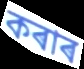
কৰাৰ